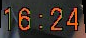
16:24